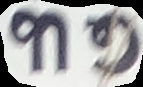
୩୭